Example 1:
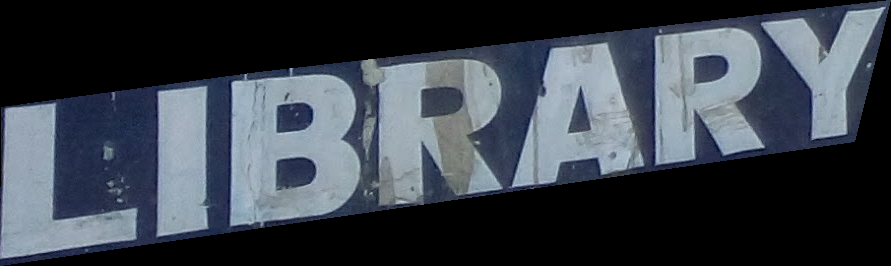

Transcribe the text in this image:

LIBRARY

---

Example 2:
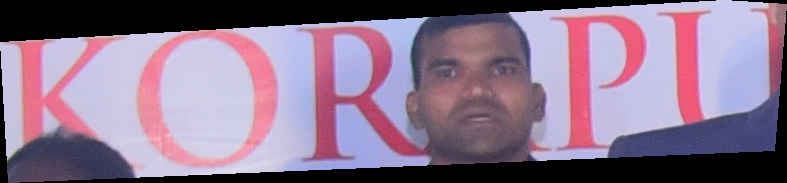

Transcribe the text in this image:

KORPU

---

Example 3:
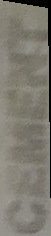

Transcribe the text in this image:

CEMENT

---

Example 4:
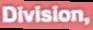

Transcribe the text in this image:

Division,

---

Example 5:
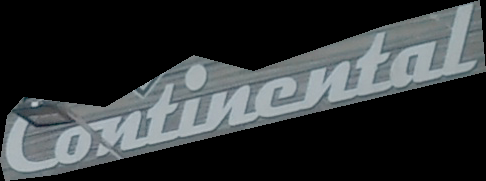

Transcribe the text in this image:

Continental